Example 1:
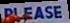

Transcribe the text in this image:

PLEASE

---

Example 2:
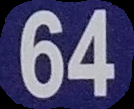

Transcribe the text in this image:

64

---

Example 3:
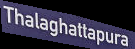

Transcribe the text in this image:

Thalaghattapura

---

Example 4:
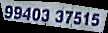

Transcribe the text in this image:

9940337515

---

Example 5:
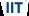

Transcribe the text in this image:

IIT